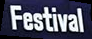
Festival